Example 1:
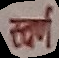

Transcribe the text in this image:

स्वर्ण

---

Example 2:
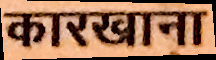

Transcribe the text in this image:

कारखाना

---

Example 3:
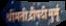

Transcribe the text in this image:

श्रीमतीद्वौपदीमुर्मू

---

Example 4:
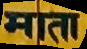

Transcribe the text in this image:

माता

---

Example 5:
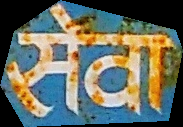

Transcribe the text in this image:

सेवा